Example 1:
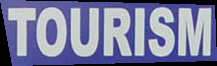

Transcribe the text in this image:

TOURISM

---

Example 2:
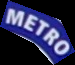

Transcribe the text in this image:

METRO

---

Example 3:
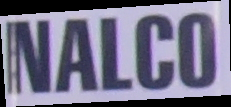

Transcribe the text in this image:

NALCO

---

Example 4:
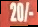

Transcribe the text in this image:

20/-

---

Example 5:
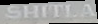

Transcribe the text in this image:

SHITLA